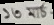
১৩মার্চ